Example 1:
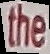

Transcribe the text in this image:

the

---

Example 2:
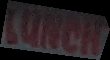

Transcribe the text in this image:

LUNCH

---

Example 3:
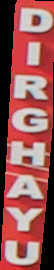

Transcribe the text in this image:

DIRGHAYU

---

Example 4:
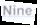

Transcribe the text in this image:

Nine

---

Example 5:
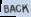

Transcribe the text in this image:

BACK